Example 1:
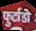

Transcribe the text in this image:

फुर्टाडो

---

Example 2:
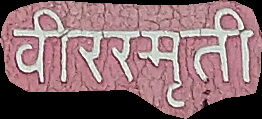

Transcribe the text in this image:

वीरस्मृती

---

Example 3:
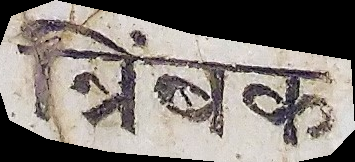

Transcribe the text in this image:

त्रिंबक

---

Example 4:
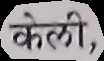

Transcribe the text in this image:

केली,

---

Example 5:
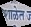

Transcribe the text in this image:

शाळेत ज